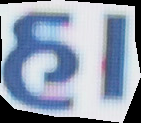
હા